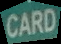
CARD